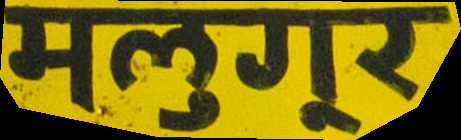
मलुगूर